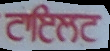
ਟਾਇਲਟ